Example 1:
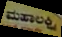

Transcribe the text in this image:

ಮಹಾಲಕ್ಷ್ಯ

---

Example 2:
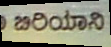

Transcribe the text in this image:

ಬಿರಿಯಾನಿ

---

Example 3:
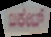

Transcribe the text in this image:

ಟಕೇಟ್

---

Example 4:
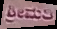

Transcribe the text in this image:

ಶ್ರೀಮತ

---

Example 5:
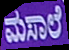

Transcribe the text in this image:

ಮಸಾಲೆ